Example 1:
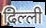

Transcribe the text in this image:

दिल्ली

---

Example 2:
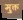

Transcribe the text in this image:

मुक्त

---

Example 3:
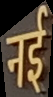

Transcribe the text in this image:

नई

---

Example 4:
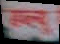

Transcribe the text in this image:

डब्ल्यु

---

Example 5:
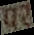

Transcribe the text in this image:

पर